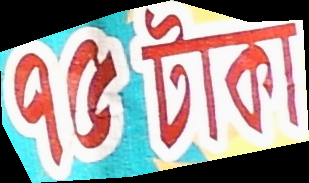
৭৫টাকা